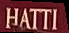
HATTI